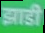
झाडी